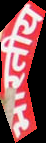
रतीय